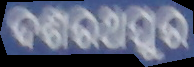
ଦଶରଥପୁର